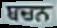
ਬਚਨ